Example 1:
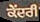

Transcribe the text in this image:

ਕੇਂਦਰੀ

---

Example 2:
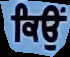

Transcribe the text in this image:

ਕਿਉਂ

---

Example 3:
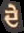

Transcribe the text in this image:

ਦੇ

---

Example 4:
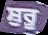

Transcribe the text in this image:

ਸ਼ੁਰੂ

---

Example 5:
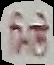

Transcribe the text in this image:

ਮਿਏ